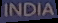
INDIA